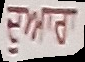
ਦੁਆਰ